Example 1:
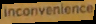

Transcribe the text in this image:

inconvenience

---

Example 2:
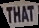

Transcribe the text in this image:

THAT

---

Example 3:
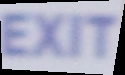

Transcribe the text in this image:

EXIT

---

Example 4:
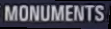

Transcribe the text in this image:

MONUMENTS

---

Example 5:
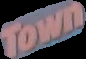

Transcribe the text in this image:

Town